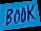
BOOK